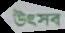
উৎসব